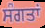
ਸੰਗਤਾਂ